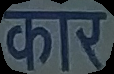
का‍र